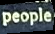
people